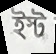
ইস্ট